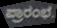
ಪ್ರಾರಂಭ